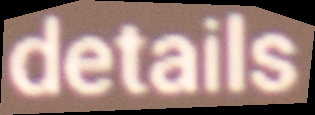
details